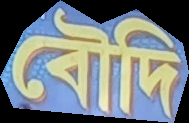
বৌদি